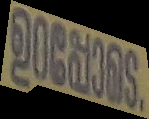
ഉറപ്പോടെ